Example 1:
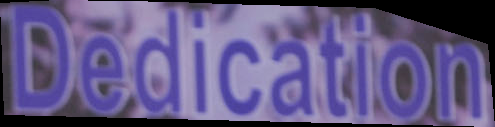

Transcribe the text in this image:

Dedication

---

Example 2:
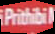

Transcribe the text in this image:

Prithibi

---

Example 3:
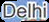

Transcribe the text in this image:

Delhi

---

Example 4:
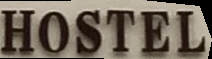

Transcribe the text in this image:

HOSTEL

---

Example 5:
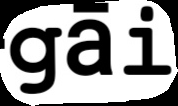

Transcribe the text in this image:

gāi